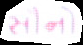
સૌનો